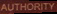
AUTHORITY